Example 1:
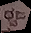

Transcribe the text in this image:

ಧ್ವಜ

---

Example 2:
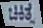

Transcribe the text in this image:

ಚಕಿತ್ಸ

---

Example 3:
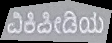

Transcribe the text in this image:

ಎಕಿಪೀಡಿಯ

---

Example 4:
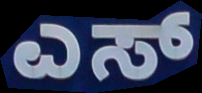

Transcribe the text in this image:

ಎಸ್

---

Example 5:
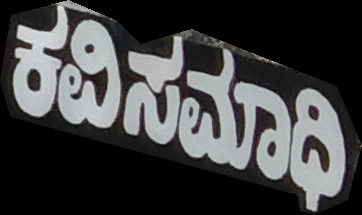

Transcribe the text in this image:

ಕವಿಸಮಾಧಿ